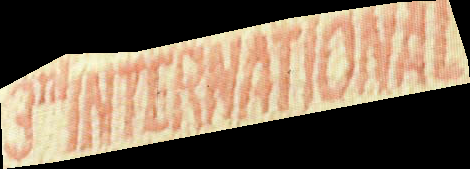
3"INTERNATIONAL